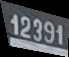
12391